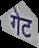
गेट